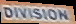
DIVISION